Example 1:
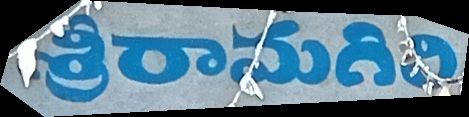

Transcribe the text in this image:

శ్రీ రామగిరి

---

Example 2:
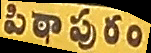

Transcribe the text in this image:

పిఠాపురం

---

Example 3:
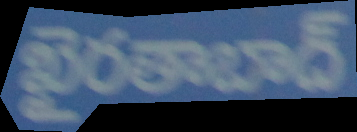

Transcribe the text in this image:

ఖైరతాబాద్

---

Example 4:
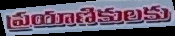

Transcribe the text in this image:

ప్రయాణికులకు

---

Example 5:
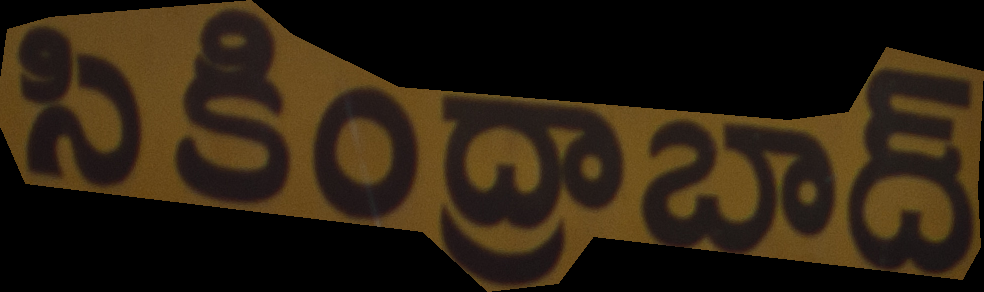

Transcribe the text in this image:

సికింద్రాబాద్